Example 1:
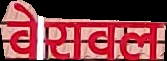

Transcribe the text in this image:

वेरावल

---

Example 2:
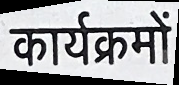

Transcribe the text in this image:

कार्यक्रमों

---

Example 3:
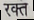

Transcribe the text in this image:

रक्त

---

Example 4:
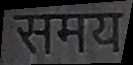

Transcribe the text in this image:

समय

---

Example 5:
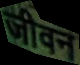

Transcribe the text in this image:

जीवन